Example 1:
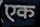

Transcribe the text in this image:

एक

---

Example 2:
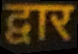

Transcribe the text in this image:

द्वार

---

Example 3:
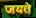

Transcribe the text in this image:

जयते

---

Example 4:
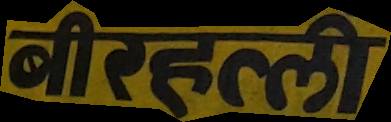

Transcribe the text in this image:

बीरहल्ली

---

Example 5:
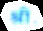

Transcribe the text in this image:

श्री.